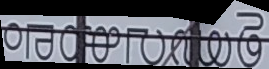
ഉത്സവകാലം